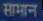
सामान